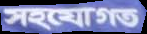
সহযোগত